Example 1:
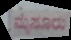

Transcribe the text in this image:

ಮೈಸೂರು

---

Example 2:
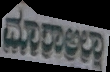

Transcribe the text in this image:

ಮಾರಾಅಲ್ಲಾ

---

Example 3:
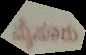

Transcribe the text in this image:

ಮ್ಯಣರು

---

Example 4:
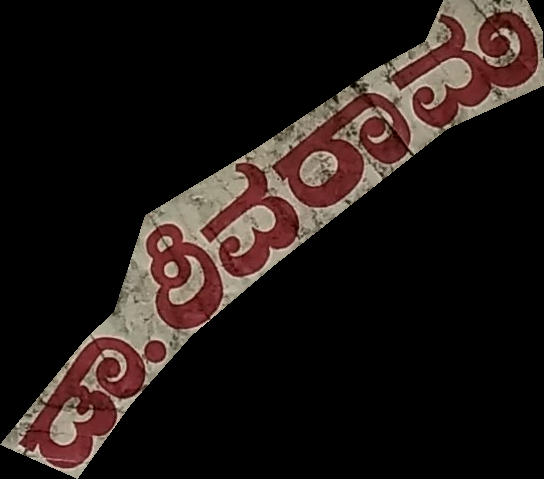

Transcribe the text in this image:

ಡಾ.ಶಿವರಾಮ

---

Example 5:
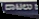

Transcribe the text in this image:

ದಾಟಲು